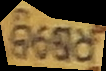
ବିଷେଧୀ